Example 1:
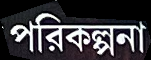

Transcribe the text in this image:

পরিকল্পনা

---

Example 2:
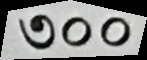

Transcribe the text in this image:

৩০০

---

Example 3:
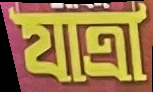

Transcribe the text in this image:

যাত্রা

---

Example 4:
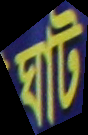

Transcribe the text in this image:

ঘাট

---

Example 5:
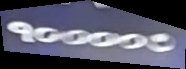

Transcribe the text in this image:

৭০০০০৩